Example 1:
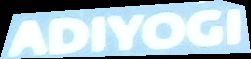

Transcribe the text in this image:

ADIYOGI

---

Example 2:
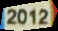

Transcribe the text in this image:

2012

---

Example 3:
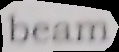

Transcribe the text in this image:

beam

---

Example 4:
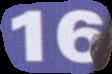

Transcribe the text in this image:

16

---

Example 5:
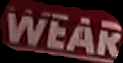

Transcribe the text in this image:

WEAR